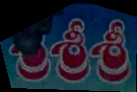
శ్రీ శ్రీ